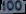
1੦੦